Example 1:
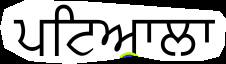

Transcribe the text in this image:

ਪਟਿਆਲਾ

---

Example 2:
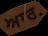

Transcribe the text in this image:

ਆਰ.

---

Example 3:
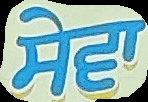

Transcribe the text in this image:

ਸੇਵਾ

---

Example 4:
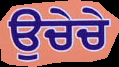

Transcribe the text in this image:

ਉਚੇਚੇ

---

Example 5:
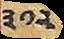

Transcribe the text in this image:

੩੭੨